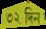
৩২দিন